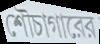
শৌচাগারের